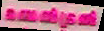
സെൻട്രൽ